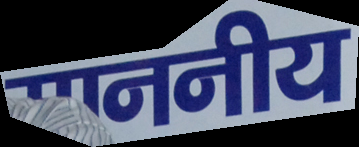
माननीय